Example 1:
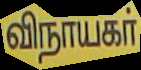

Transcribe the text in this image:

விநாயகா்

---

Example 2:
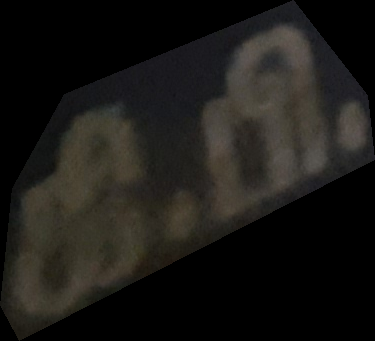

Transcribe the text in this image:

கி.பி.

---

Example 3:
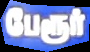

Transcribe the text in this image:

பேரூா்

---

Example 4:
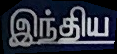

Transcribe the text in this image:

இந்திய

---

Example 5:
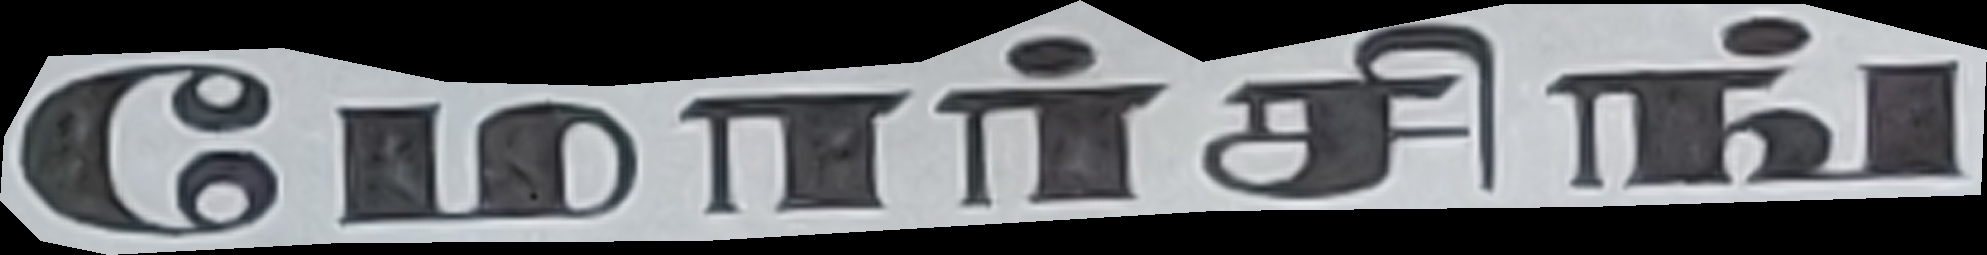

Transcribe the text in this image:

மோா்சிங்